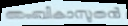
അംബികാസൂതൻ